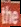
the